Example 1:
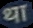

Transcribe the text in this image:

था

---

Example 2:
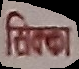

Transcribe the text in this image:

सिक्का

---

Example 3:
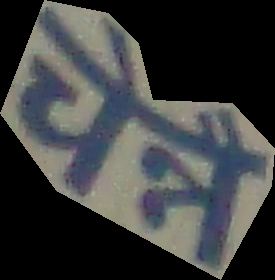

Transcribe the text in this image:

चेन्नै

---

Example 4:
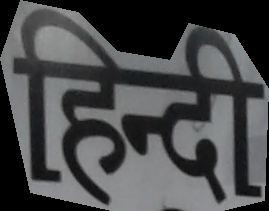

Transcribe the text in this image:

हिन्दी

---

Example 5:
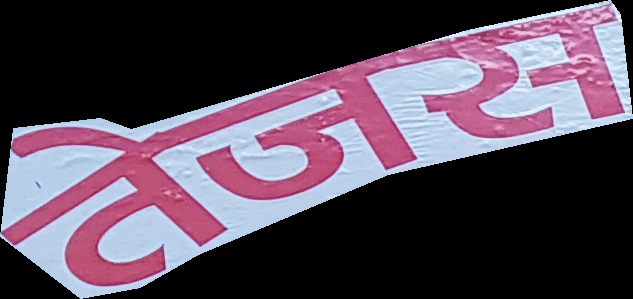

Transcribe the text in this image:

तेजस